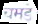
चमडे